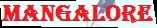
MANGALORE